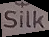
Silk